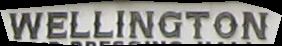
WELLINGTON